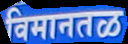
विमानतळ